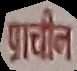
प्राचीन